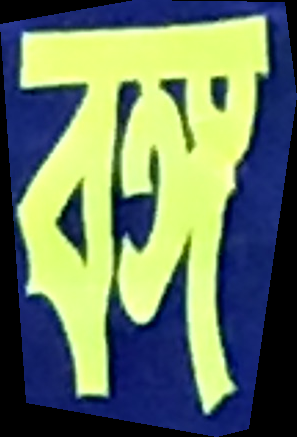
বঙ্গ